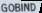
GOBIND